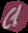
લ